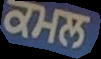
ਕਮਲ